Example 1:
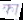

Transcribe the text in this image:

का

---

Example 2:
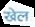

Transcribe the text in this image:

खेल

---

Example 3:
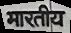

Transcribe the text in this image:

भारतीय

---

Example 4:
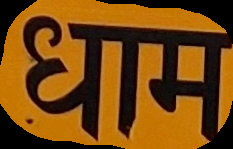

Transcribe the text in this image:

धाम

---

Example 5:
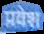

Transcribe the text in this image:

प्रवेश